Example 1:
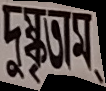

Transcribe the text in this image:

দুষ্কৃঅম্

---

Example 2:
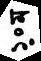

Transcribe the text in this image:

১়০ম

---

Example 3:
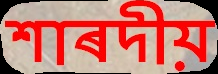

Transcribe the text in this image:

শাৰদীয়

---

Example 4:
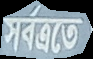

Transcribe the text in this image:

সর্বত্রতে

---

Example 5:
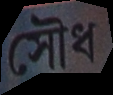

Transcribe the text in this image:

সৌধ